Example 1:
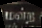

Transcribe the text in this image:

மன்ற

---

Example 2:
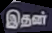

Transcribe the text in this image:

இதனஂ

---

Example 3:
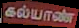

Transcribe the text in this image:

கல்யாண்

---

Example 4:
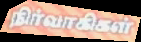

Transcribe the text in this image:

நிர்வரகிகள்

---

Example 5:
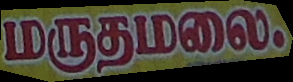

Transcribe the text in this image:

மருதமலை.